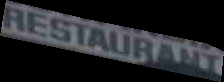
RESTAURANT